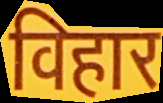
विहार